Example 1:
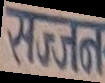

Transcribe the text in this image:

सज्‍जन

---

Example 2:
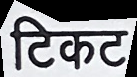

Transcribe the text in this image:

टिकट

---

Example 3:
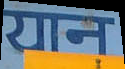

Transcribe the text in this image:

यान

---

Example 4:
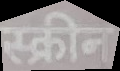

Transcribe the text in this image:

स्क्रीन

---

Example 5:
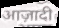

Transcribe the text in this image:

आज़ादी